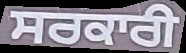
ਸਰਕਾਰੀ